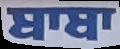
ਬਾਬਾ